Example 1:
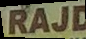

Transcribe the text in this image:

RAJD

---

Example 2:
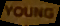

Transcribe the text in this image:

YOUNG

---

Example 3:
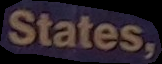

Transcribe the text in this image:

States,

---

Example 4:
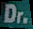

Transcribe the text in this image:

Dr.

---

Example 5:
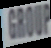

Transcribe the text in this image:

GROUP